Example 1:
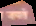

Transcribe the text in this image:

जयतें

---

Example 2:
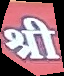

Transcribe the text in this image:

श्री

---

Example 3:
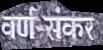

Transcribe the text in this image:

वर्ण-संकर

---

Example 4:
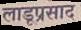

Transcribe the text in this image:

लाडूप्रसाद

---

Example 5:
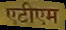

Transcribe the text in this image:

एटीएम